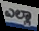
ಎಲ್ಲಾ